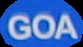
GOA